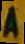
A